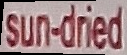
sun-dried